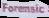
Forensic